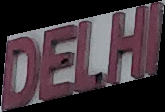
DELHI